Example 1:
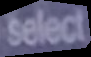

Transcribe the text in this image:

select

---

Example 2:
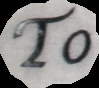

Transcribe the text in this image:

To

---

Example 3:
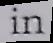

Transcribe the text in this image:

in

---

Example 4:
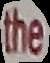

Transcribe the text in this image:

the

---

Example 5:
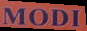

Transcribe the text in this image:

MODI